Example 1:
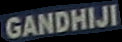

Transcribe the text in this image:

GANDHIJI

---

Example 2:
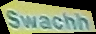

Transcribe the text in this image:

Swachh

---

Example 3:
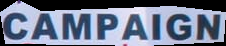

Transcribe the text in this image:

CAMPAIGN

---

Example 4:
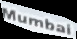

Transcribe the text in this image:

Mumbai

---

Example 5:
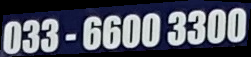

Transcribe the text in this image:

033-66003300